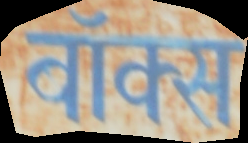
बॉक्स